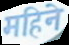
महिने